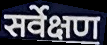
सर्वेक्षण